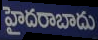
హైదరాబాదు